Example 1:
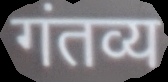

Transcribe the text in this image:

गंतव्य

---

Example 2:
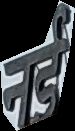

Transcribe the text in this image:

नई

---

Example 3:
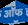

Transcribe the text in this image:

ऑफ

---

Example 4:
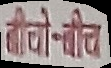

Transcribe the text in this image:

बीचो-बीच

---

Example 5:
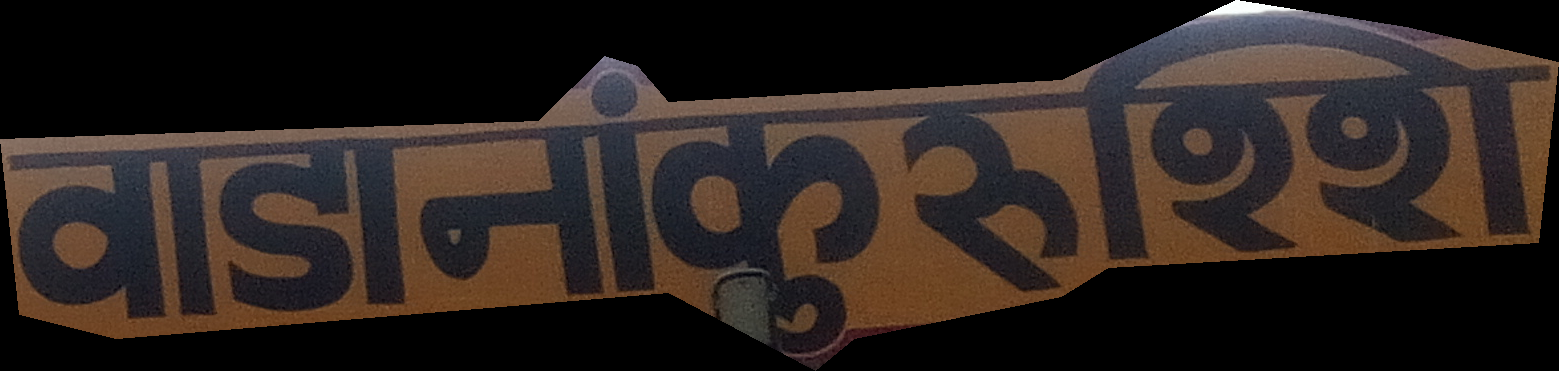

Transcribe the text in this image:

वाडानांकुरुश्शि